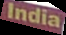
India